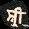
ਸ਼੍ਰੀ